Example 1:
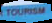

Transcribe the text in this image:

TOURISM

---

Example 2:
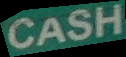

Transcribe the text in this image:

CASH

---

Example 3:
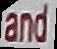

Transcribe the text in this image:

and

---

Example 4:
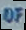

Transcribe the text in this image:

OF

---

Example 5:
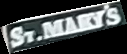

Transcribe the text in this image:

ST.MARY